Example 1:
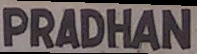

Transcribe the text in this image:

PRADHAN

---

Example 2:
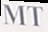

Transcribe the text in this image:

MT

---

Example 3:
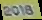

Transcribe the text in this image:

2018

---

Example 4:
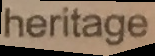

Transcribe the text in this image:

heritage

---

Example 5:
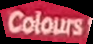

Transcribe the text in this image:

Colours